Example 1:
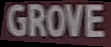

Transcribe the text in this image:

GROVE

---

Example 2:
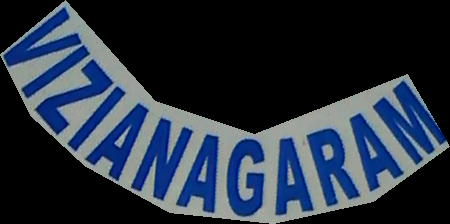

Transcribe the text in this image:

VIZIANAGARAM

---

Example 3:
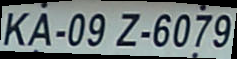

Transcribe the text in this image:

KA-09Z-6079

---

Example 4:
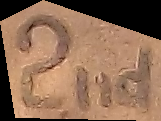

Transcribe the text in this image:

2nd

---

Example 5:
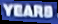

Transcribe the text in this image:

YEARS